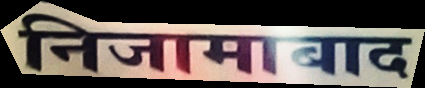
निजामाबाद